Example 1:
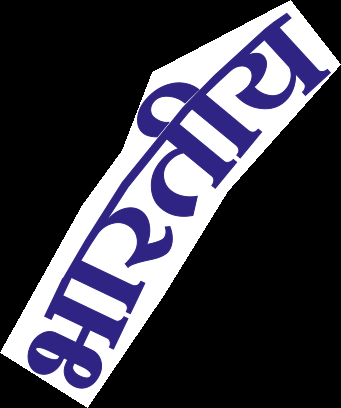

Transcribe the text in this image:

भारतीय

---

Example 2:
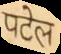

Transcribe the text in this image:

पटेल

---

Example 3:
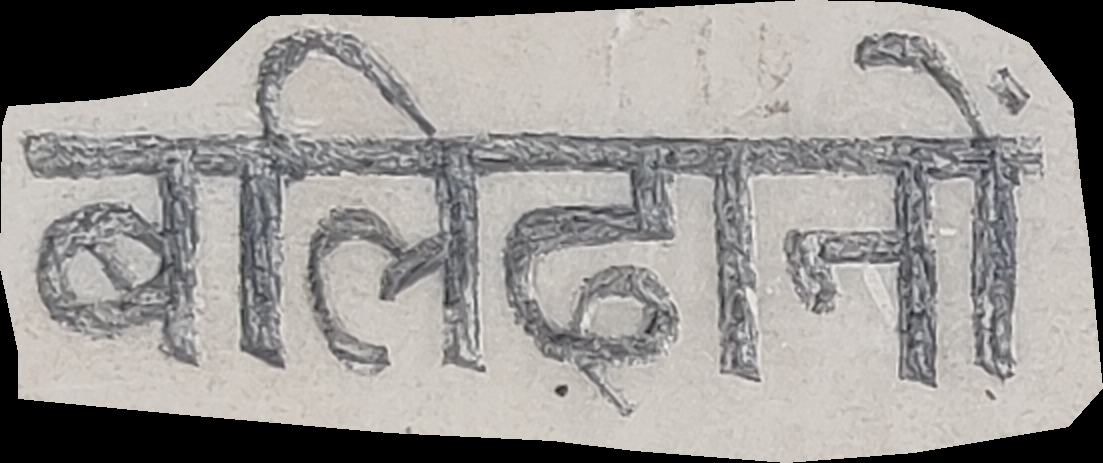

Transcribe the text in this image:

बलिदानों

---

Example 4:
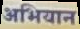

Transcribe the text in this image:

अभियान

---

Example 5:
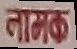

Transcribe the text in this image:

नामक